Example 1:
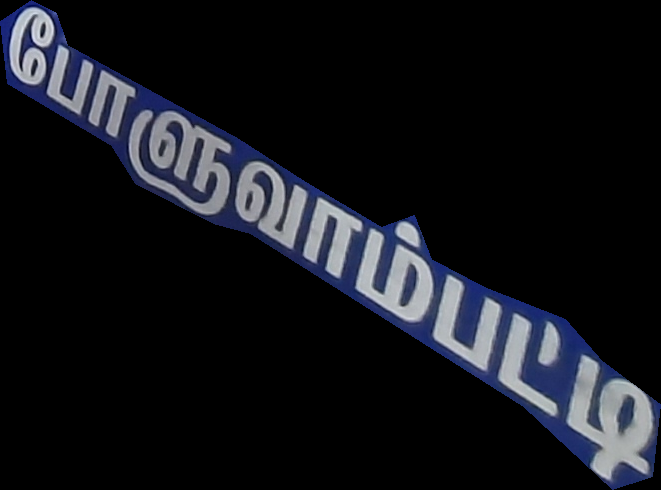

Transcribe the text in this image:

போளுவாம்பட்டி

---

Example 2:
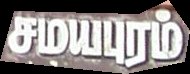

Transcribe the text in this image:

சமயபுரம்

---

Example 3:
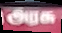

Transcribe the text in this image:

அரசு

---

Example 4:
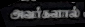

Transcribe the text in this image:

அவா்களால்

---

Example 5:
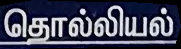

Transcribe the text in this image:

தொல்லியல்